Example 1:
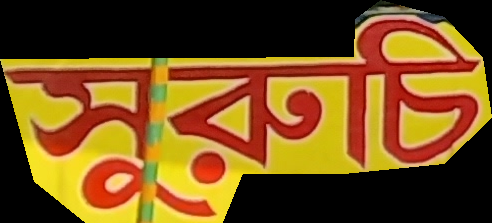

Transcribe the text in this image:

সুরুচি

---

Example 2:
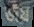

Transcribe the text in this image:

জয়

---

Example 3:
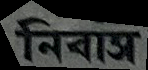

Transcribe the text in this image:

নিবাস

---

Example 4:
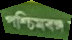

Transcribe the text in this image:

পশ্চিমবঙ্গ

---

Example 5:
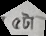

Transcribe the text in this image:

৫টা